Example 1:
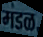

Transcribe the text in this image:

मंडळ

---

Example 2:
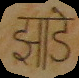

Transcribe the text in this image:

झाडे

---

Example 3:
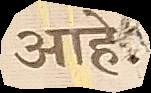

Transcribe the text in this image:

आहे.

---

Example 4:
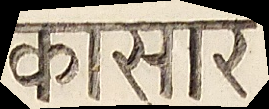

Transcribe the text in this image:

कासार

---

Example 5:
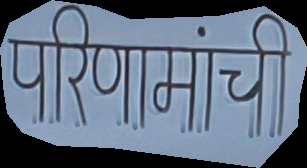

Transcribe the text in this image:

परिणामांची